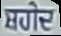
ਬਹੀਦ